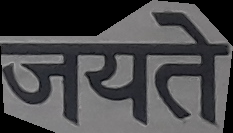
जयते